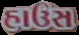
હાઉસ